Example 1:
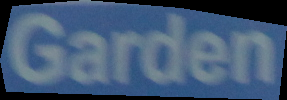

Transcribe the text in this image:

Garden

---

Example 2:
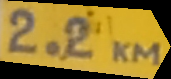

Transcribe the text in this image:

2.2KM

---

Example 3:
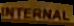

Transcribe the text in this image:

INTERNAL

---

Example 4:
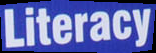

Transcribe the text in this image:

Literacy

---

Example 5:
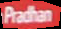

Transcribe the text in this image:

Pradhan